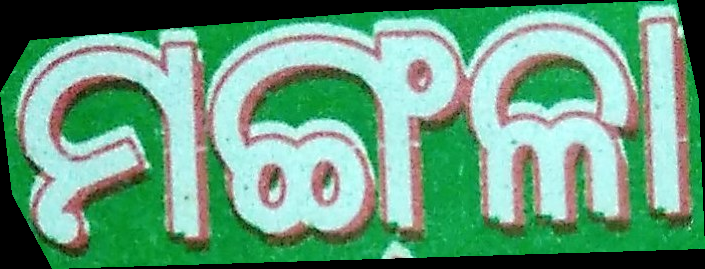
ମଙ୍ଗଳା